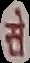
से